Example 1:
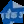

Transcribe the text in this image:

बैंक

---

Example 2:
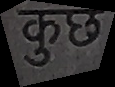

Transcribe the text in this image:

कुछ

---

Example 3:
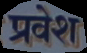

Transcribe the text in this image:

प्रवेश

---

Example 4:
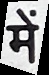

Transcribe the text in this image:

में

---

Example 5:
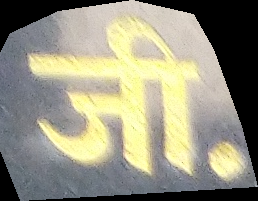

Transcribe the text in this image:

जी.